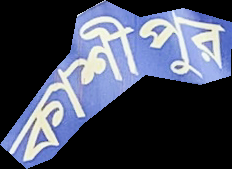
কাশীপুর